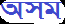
অসম